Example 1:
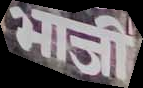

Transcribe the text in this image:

भाजी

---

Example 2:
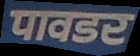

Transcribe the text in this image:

पावडर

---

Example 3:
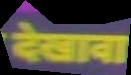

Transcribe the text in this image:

देखावा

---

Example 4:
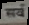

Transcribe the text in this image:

सर्व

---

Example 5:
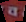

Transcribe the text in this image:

व